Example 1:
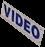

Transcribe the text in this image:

VIDEO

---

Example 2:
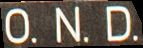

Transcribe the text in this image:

O.N.D.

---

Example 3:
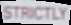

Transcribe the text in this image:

STRICTLY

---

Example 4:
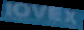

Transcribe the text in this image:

IOVEX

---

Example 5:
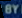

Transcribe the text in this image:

BY